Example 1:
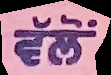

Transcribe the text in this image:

ਵੱਲੋਂ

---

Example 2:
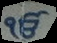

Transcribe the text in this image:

੧ਓ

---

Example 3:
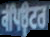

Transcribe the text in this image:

ਕੰਪਿਊਟਰ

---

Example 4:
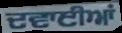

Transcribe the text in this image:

ਦਵਾਈਆਂ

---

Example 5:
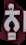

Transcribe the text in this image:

ਨੂੰ